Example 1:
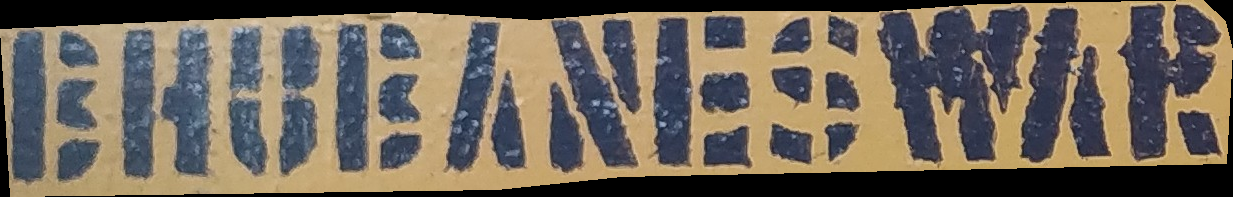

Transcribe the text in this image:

BHUBANESWAR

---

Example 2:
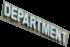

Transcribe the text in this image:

DEPARTMENT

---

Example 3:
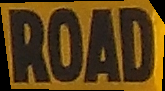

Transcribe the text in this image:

ROAD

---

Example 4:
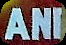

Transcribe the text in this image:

ANI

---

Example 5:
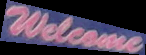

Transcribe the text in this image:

Welcome